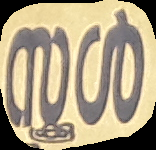
സ്കൂൾ